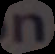
n